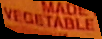
VEGETABLE